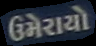
ઉમેરાયો